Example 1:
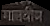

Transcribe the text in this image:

मालवीय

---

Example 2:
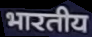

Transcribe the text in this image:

भारतीय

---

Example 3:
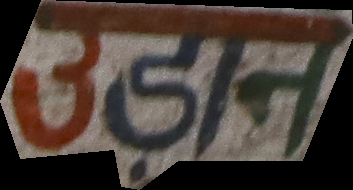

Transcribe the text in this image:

उड़ान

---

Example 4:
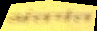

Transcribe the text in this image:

अंतर्गत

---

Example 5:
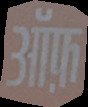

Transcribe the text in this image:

ऑफ़